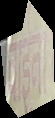
चाईना